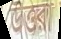
উত্তরা